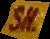
SH.